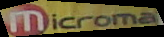
Microma